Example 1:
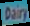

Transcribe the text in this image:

Dairy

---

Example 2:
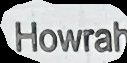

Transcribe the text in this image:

Howrah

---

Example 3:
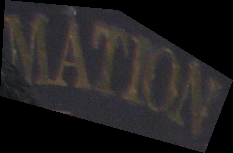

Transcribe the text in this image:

MATION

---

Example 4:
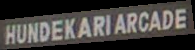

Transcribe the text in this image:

HUNDEKARIARCADE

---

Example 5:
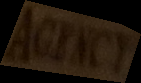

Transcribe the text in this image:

AGENCY